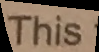
This